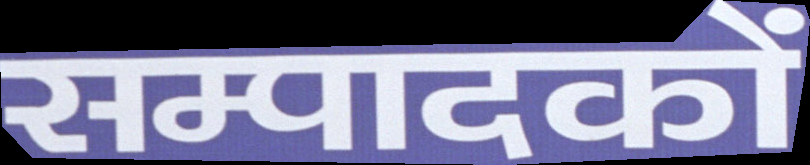
सम्पादकों